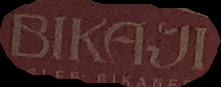
BIKAJI